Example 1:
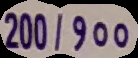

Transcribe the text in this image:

200/900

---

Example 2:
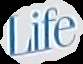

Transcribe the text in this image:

Life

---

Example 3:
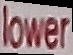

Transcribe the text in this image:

lower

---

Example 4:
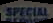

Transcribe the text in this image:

SPECIAL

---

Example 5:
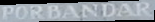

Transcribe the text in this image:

PORBANDAR